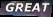
GREAT